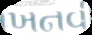
ખનવી